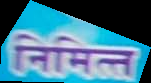
निमित्त